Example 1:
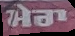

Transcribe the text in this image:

ਮੇਰਾ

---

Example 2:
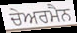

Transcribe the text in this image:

ਚੇਅਰਮੈਨ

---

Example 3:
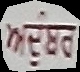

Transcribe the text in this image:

ਅਦੁੰਬਰ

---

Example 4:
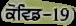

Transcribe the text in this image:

ਕੋਵਿਡ-19)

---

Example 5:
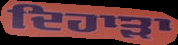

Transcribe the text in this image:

ਦਿਹਾੜਾ